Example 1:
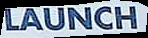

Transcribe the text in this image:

LAUNCH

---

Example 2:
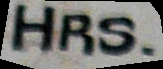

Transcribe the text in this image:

HRS.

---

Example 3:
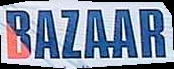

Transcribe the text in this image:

BAZAAR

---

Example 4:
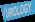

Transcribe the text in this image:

UROLOGY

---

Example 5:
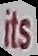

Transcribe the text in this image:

its